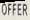
OFFER